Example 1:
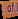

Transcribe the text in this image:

of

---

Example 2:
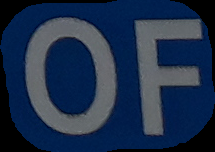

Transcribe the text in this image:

OF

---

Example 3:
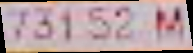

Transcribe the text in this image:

73152M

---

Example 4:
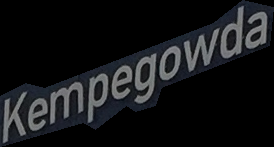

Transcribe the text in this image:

Kempegowda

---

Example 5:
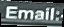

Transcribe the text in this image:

Email: